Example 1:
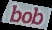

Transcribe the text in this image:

bob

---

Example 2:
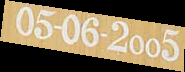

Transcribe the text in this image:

05-06-2005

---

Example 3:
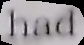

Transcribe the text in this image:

had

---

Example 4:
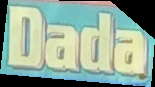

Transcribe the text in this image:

Dada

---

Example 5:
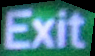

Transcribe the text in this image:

Exit